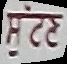
ਸੁੱਟਣ